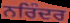
ਨਰਿੰਦਰ